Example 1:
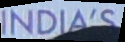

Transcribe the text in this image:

INDIA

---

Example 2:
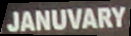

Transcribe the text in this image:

JANUVARY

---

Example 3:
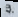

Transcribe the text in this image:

3.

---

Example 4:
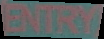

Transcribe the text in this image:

ENTRY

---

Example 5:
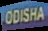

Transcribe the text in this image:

ODISHA